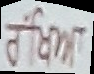
ਰੱਖਿਆ